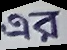
এর